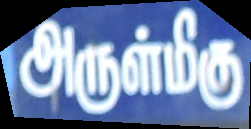
அருள்மீகு